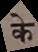
के